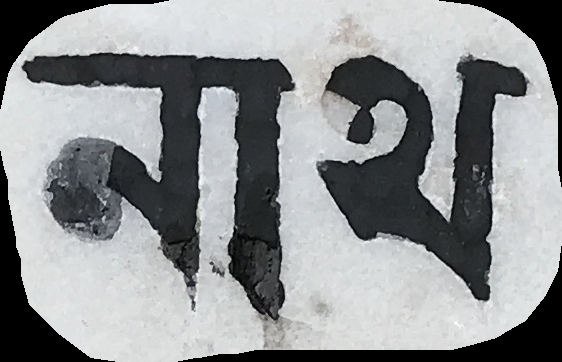
নাথ